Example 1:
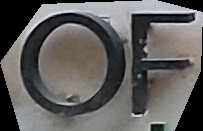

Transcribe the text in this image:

OF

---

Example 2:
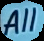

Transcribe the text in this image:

All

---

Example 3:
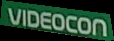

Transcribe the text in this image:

VIDEOCON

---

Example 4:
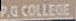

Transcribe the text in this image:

P.GCOLLEGE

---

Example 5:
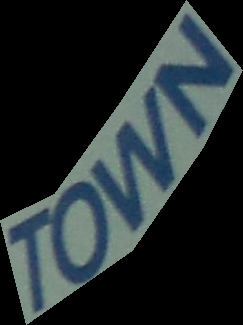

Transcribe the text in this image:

TOWN